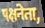
पक्षनेता,